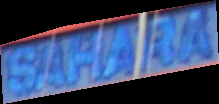
SAHARA